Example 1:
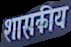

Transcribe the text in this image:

शासकीय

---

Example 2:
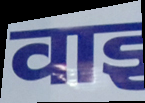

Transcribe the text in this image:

वाइ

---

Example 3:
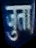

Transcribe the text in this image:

ज़ुता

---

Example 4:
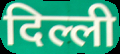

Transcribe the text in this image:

दिल्ली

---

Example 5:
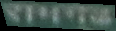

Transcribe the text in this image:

रामगढ